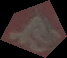
रेल